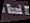
Road